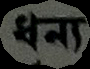
ধন্য